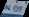
NOF